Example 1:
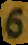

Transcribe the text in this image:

6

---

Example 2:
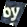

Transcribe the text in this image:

by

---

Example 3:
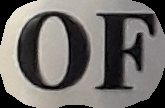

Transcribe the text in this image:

OF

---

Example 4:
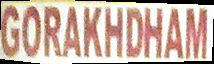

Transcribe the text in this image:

GORAKHDHAM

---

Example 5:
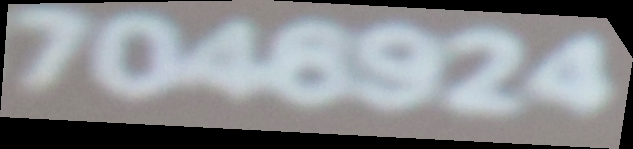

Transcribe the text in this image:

7046924